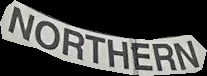
NORTHERN